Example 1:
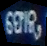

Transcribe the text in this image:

ଫୋନ୍,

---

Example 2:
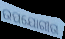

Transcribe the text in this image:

ଉପ‌ଯୋଗୀର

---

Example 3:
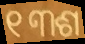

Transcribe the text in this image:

୧୩ଶ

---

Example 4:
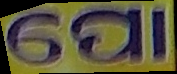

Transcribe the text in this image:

ପୋ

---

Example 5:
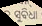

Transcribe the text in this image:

ସୁବିଧା